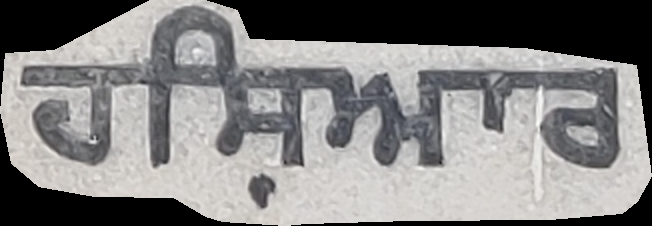
ਹਸ਼ਿਆਰ